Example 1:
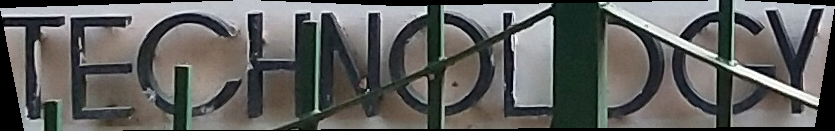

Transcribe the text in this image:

TECHNOLOGY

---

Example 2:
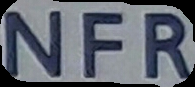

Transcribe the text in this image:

NFR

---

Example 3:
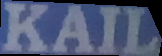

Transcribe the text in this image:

KAIL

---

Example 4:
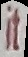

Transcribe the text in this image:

it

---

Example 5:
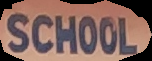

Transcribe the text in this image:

SCHOOL